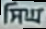
ਸਿਘ